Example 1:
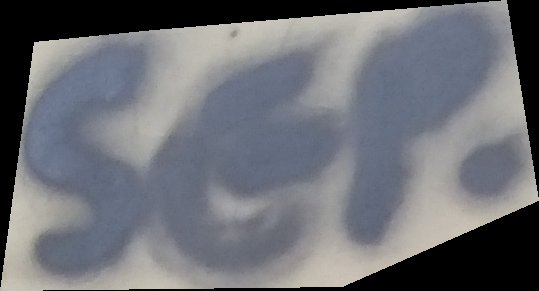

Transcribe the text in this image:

SEP.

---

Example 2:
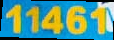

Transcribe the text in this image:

11461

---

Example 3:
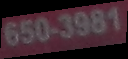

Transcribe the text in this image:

650-3981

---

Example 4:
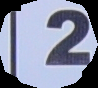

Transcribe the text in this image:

2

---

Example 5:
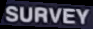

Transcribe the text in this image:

SURVEY